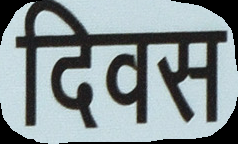
दिवस